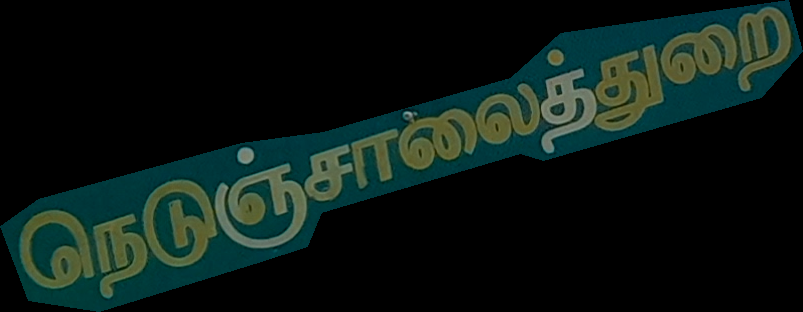
நெடுஞ்சாலைத்துறை